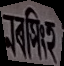
নৰসিংহ